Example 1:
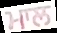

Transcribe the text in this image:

ਮਾਲ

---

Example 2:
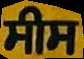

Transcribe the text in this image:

ਸੀਸ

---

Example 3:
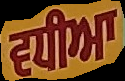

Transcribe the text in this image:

ਵਧੀਆ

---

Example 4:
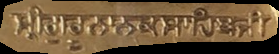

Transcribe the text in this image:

ਸ੍ਰੀਗੁਰੂਨਾਨਕਸਾਹਿਬਜੀ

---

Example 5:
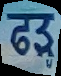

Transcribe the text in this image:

ਫੜ਼